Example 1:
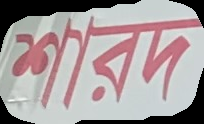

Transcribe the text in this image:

শারদ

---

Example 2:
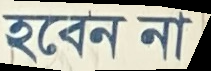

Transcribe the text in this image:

হবেন না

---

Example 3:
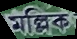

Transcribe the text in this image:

মল্লিক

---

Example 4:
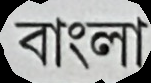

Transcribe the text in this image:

বাংল৷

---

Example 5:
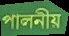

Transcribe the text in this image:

পালনীয়